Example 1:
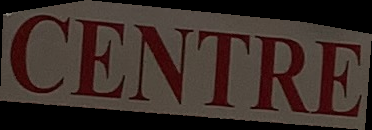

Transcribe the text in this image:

CENTRE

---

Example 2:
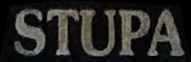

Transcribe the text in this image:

STUPA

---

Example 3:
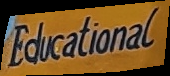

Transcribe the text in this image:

Educational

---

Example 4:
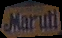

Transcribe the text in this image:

Maruti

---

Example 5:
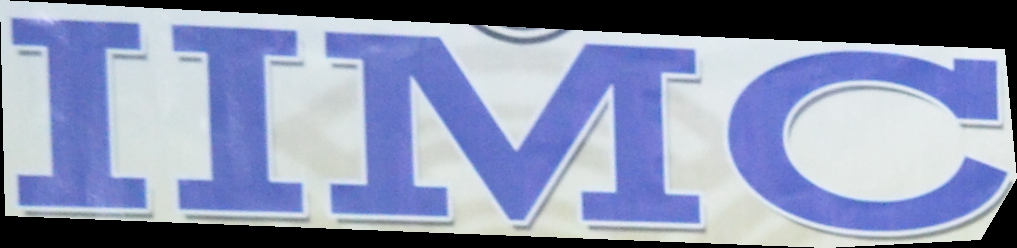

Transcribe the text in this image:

IIMC